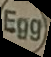
(Egg)